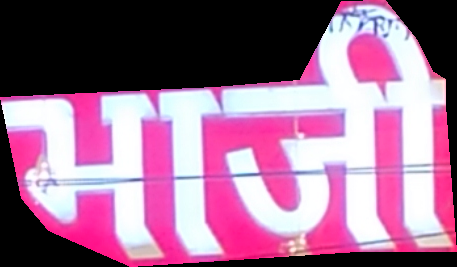
भाजी